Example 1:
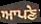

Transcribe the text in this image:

ਆਪਣੇ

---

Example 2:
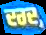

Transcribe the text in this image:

ਦਰਦ,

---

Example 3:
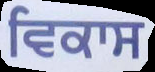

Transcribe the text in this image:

ਵਿਕਾਸ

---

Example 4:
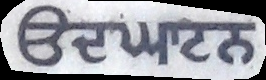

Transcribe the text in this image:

ੳਦਘਾਟਨ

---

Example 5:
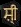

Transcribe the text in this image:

ਸ਼੍ਰੀ